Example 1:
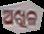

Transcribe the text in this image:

ଅଖୁଳ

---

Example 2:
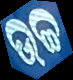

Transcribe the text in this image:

ଉଚ୍ଚ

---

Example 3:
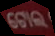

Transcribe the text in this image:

ଟୋଲ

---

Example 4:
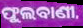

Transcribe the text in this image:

ଫୁଲବାଣୀ,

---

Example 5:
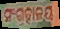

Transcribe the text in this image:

ସଂଗ୍ରହାଳୟ